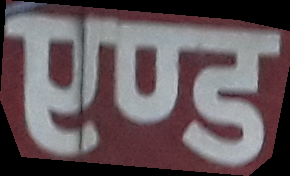
एण्ड